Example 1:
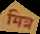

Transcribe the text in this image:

मित्र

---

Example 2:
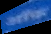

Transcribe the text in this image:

ऑफ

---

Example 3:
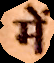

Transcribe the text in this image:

में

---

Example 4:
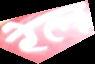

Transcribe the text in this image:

रेल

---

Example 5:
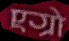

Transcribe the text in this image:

एग्रो